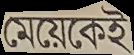
মেয়েকেই